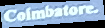
Colmbatore.